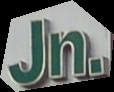
Jn.